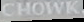
CHOWK